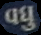
વઘુ